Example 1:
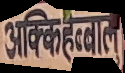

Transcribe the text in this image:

अक्किहब्बालु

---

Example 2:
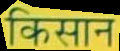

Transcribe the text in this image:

किसान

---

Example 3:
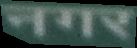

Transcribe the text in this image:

नगर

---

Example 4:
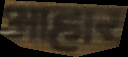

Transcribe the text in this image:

आहार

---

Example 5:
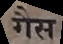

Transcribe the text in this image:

गैस